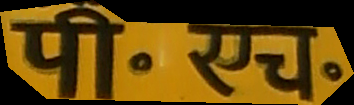
पी॰एच॰